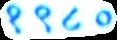
१९८०